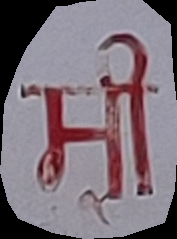
ਸੀ